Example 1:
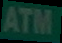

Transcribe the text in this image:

ATM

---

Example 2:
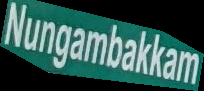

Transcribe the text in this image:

Nungambakkam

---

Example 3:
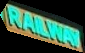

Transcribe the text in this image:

RAILWAY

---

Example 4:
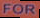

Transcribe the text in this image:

FOR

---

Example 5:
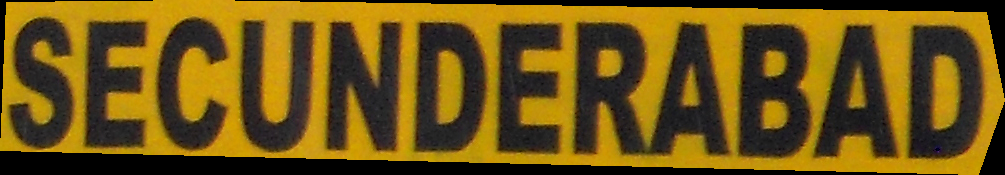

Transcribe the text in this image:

SECUNDERABAD